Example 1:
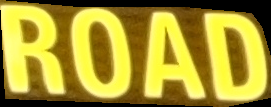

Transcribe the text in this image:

ROAD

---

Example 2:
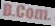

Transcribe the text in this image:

B.Com.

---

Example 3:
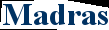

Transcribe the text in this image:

Madras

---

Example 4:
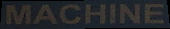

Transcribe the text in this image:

MACHINE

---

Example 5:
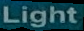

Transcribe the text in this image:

Light